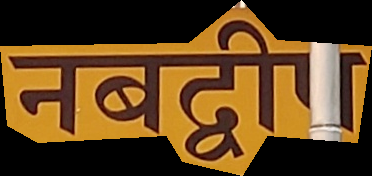
नबद्वीप